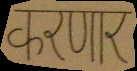
करणार